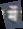
में